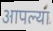
आपल्या